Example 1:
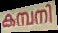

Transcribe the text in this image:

കമ്പനി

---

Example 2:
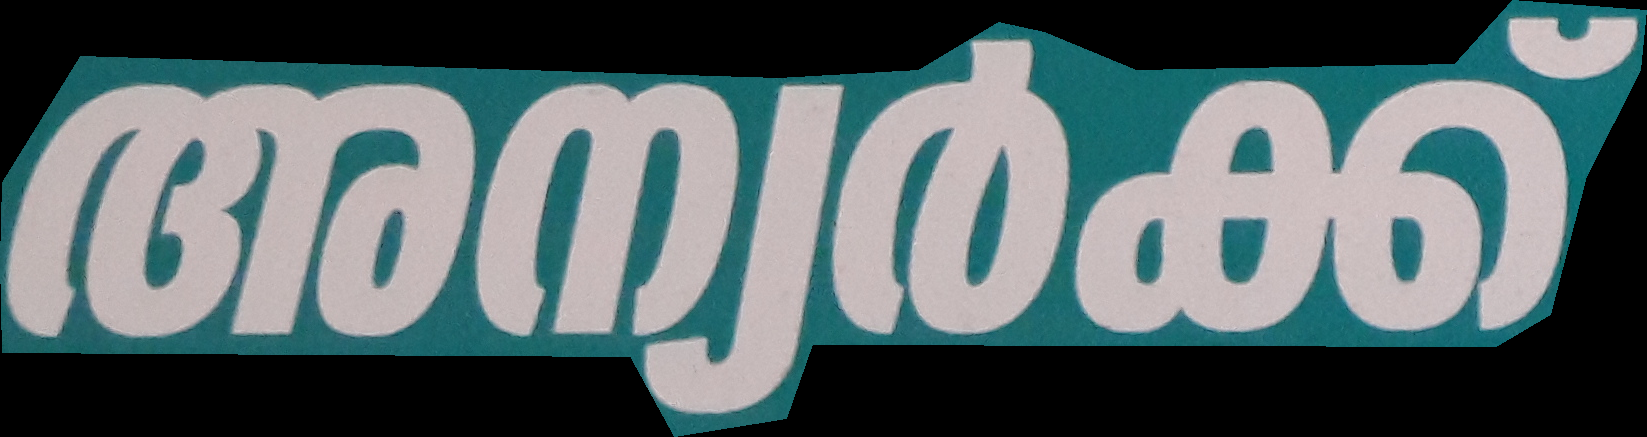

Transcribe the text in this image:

അന്വർക്ക്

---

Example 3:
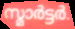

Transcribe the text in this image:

സ്മാർട്ടർ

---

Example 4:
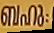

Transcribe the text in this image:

ബഹു:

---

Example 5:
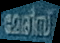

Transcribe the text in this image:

മേരീസി